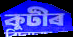
কুটীৰ